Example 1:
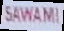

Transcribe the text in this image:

SAWAMI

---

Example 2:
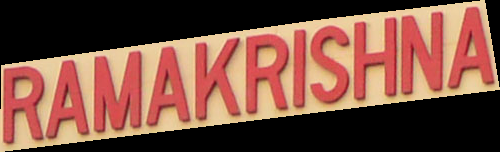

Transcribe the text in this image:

RAMAKRISHNA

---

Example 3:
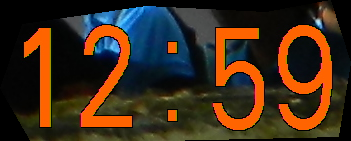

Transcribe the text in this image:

12:59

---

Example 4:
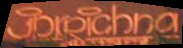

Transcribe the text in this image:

jprpichna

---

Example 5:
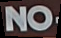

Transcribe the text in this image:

NO